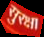
सुरक्षा